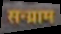
सन्ग्राम